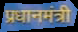
प्रधानमंत्री